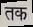
तक